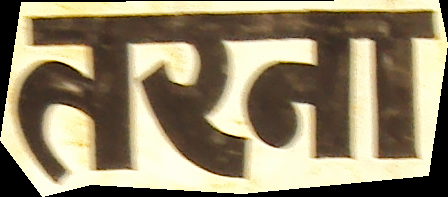
तरना